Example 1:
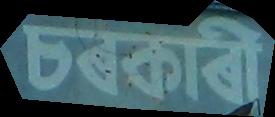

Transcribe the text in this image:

চৰকাৰী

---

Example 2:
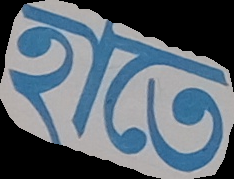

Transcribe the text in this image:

হাতে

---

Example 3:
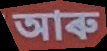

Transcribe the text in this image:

আৰু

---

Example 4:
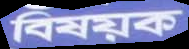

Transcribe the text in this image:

বিষয়ক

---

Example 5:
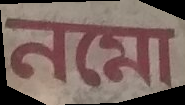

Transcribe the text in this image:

নমো